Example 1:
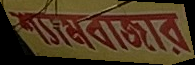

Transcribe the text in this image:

শ্যামবাজার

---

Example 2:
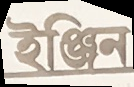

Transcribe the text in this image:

ইঞ্জিন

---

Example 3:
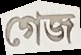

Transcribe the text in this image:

গেজ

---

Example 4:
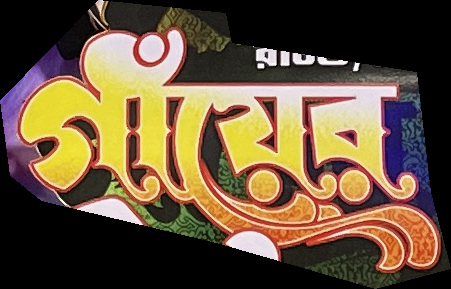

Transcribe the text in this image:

গাঁয়ের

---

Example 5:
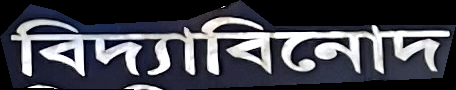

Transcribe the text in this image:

বিদ্যাবিনোদ